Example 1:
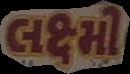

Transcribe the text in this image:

લક્ષ્મી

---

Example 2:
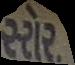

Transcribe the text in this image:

સ્ટોર.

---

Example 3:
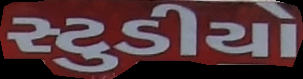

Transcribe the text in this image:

સ્ટુડીયો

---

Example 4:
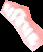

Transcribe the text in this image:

પરિષદ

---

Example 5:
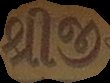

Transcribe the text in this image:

શ્રીજી